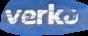
verko